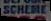
SCHEME